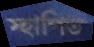
স্থাপিত